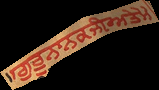
ਗੁਰੂਨਾਨਕਜੀਅਤੇਮੇ